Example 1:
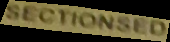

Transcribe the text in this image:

SECTIONSED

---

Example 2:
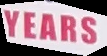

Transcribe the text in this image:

YEARS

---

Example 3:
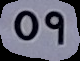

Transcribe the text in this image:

0१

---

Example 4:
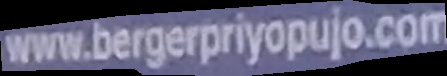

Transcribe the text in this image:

www.bergerpriyopujo.com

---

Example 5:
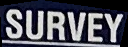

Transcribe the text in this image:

SURVEY